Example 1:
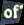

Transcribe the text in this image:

of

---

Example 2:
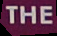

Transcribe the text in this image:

THE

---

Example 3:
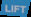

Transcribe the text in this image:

LIFT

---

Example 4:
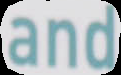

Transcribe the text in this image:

and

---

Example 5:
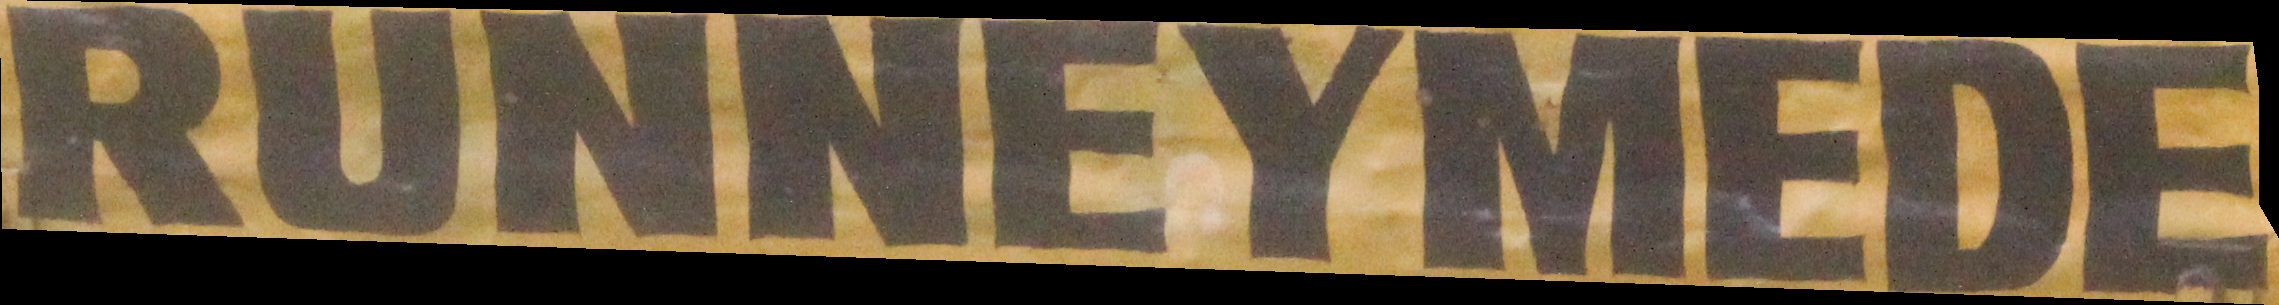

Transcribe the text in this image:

RUNNEYMEDE